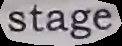
stage